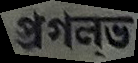
থ্রগল্ভ